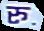
रु.